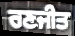
ਰਣਜੀਤ